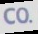
CO.